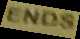
ENDS